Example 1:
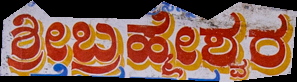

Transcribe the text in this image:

ಶ್ರೀ ಬ್ರಹ್ಮೇಶ್ವರ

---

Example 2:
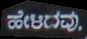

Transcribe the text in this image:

ಹೇಳಿದವು.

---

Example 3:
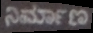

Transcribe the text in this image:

ನಿರ್ಮಾಣ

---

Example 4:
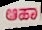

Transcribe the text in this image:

ಆಹಾ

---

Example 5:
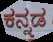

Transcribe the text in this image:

ಕನ್ನಡ